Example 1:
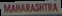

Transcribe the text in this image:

MAHARASHTRA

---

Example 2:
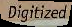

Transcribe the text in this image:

Digitized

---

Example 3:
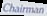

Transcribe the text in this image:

Chairman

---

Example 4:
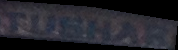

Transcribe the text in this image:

TUSHAR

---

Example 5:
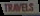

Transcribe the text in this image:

TRAVELS